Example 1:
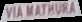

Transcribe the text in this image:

VIAMATHURA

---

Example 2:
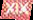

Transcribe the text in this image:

XIX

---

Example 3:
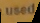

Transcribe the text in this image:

used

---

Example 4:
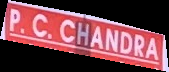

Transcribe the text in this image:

P.C.CHANDRA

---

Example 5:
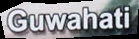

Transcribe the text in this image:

Guwahati